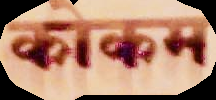
कोकम